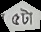
৫টা